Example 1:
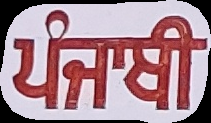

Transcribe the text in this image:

ਪੰਜਾਬੀ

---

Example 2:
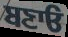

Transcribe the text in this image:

ਬਣਾੳ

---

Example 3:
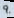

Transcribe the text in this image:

੧.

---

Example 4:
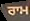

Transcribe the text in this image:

ਰਾਮ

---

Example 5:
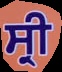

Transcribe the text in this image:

ਸ੍ਰੀ